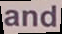
and